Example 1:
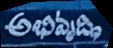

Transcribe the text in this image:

అభివృది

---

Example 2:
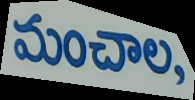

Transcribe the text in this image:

మంచాల,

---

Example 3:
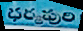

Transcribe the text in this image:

ధర్మపురి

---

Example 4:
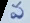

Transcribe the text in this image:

వ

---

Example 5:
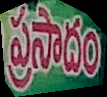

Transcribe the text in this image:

ప్రసాదం